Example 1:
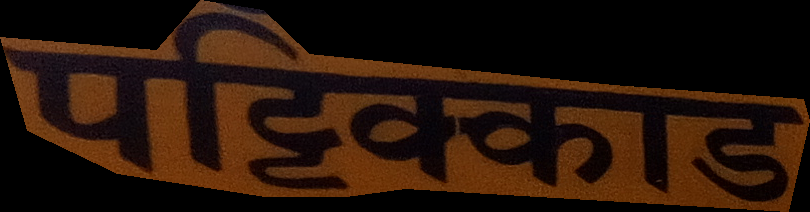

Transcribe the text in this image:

पट्टिक्काड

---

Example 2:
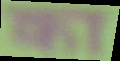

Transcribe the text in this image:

का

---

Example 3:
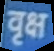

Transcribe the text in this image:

वृक्ष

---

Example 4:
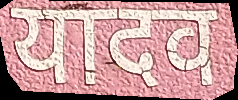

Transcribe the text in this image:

यादव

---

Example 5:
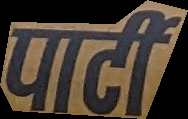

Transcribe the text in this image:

पार्टी